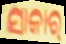
ସାକାର